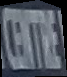
CENTRE